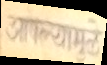
आपल्यामुळे